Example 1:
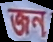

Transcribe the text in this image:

জন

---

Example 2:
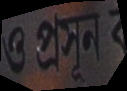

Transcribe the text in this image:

ও প্ৰসূন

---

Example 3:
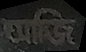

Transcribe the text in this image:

আজি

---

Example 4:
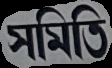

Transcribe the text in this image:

সমিতি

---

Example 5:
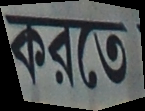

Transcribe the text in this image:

করতে